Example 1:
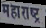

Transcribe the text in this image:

महाराष्ट्र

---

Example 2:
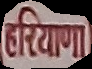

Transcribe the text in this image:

हरियाणा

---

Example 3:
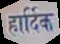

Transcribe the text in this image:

हार्दिक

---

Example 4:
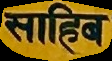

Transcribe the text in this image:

साहिब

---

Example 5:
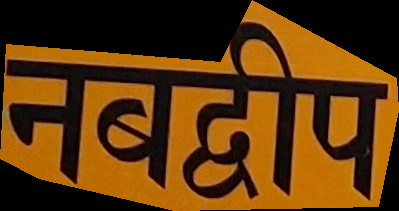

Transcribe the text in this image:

नबद्वीप